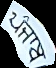
ਪੰਜਾਬ